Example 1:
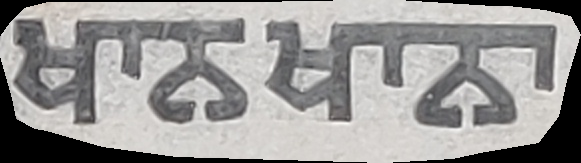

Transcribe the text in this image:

ਖਾਨਖਾਨਾ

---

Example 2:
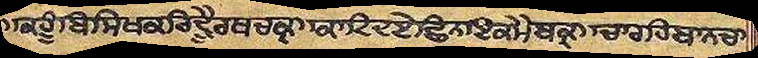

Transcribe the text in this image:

ਕਹੂੰਬਿਸਿਖਕਰਿਦੂੈਰਥਚਕੁ॥ਕਾਟਿਦਏਛਿਨਾਏਕਮੇਬਕੁ॥ਚਾਰਹਿਬਾਨਚਾ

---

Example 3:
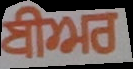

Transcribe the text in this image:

ਬੀਅਰ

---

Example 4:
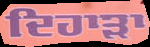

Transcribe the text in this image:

ਦਿਹਾੜਾ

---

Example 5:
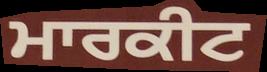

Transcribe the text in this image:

ਮਾਰਕੀਟ